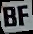
BF